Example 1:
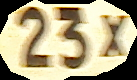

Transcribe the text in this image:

23x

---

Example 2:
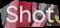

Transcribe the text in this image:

Shot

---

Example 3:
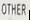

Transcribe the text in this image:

OTHER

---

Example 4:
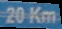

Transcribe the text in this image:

20Km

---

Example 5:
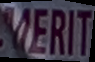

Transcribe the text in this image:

MERIT